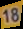
18